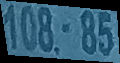
108-85